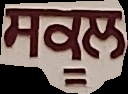
ਸਕੂਲ